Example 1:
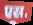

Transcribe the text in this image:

एस.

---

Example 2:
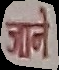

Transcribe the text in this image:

जाने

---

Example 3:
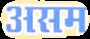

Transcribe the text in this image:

असम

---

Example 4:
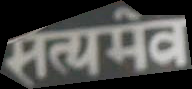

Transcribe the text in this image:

सत्यमेव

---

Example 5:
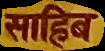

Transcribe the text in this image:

साहिब